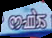
ꯁꯉꯥꯏ